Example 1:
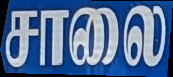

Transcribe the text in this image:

சாலை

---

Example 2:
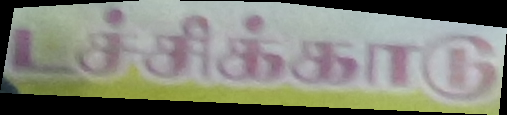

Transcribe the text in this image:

டச்சிக்காடு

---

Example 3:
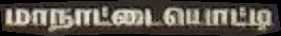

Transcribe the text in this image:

மரநாடடையொட்டி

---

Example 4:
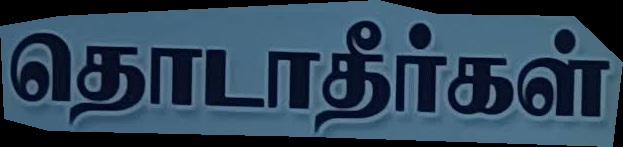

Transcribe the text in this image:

தொடாதீா்கள்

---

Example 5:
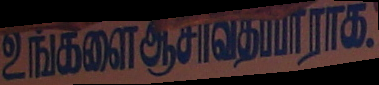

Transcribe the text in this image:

உங்களை ஆசீர்வதிப்பாராக